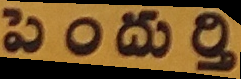
పెందుర్తి